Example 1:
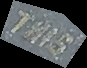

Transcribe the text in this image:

THIS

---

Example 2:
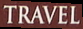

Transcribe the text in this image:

TRAVEL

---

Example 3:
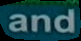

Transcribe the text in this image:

and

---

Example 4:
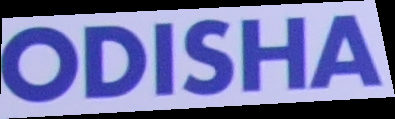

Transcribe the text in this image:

ODISHA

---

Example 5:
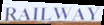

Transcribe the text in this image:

RAILWAY